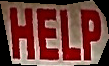
HELP